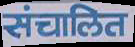
संचालित